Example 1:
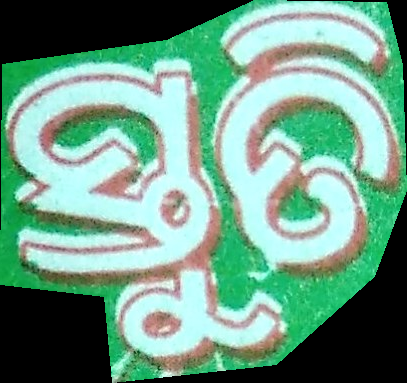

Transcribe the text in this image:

ସ୍ତୁତି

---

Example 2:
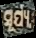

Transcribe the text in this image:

ସୂର୍ଯ୍ୟ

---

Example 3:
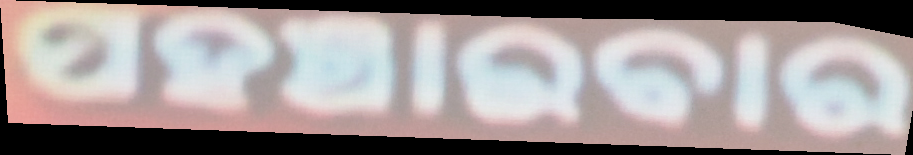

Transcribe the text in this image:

ପହ‌ଞ୍ଚାଇବାର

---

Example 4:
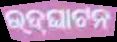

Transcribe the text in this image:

ଉଦ୍‌ଘାଟନ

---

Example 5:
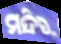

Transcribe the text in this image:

ମଦି